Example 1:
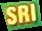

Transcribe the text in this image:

SRI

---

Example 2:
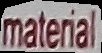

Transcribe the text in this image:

material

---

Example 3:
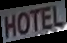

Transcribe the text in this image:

HOTEL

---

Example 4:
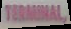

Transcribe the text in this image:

TERMINAL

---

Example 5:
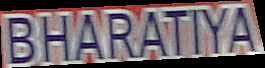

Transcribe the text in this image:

BHARATIYA